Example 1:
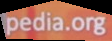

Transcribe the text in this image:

pedia.org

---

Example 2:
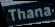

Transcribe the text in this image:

Thana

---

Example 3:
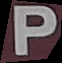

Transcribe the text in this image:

P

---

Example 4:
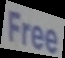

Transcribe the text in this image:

Free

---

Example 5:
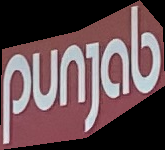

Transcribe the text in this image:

punjab